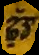
ਫੱਤਾ